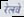
रेलवे